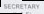
५६८२६१३०१९